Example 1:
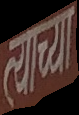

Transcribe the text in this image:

त्‍याच्या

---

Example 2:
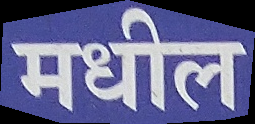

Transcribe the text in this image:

मधील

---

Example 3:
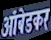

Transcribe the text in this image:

आंबेडकर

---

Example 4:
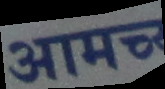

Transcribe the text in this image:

आमच्‍य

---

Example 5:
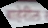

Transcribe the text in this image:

बाहेरील